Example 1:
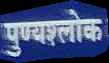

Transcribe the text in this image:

पुण्यश्लोक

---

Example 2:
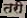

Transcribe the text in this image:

तरी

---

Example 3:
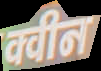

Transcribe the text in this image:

क्वीन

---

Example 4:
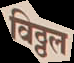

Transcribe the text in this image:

विठ्ठल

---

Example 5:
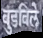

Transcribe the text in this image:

बुडविले